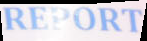
REPORT